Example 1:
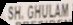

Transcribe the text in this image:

SH.GHULAM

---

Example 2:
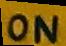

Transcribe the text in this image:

ON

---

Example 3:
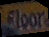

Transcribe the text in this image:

Floor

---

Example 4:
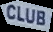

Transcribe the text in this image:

CLUB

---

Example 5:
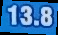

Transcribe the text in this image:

13.8